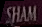
SHAM